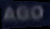
AGO